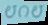
೮೧೮